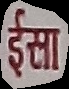
ईसा